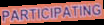
PARTICIPATING